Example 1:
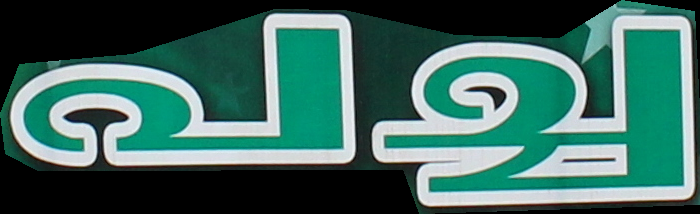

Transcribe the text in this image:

പച്ച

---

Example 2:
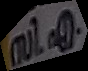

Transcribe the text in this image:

സി.എ.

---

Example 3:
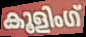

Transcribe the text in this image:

കുളിംഗ്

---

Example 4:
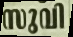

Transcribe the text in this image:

സുവി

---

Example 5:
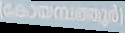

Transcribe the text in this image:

(കോയമ്പത്തൂരി)